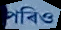
পৰিও